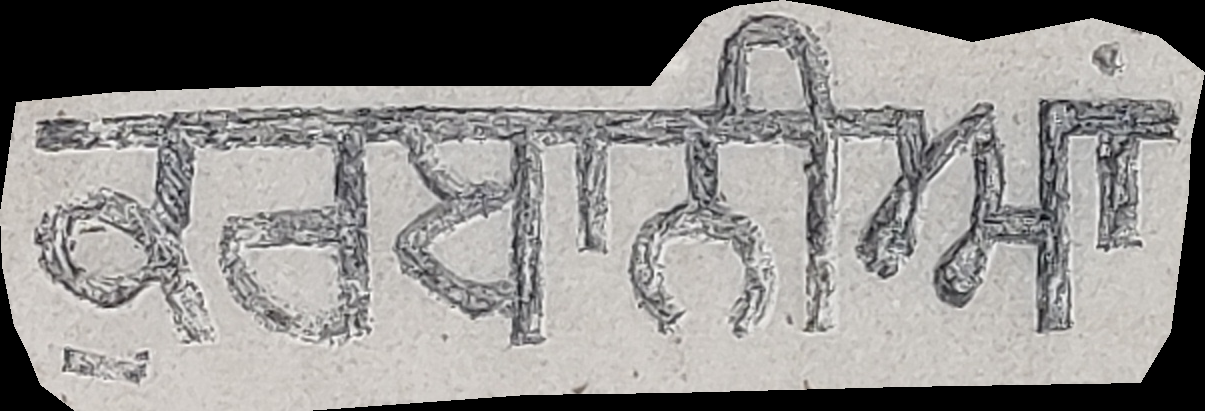
ਕੁਰਬਾਨੀਆਂ